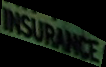
INSURANCE